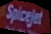
Spicejet